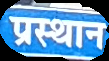
प्रस्थान